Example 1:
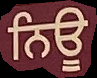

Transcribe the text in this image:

ਨਿਊ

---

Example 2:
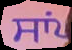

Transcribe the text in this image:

ਸਾਂਪ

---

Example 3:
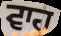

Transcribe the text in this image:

ਵਾਹ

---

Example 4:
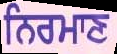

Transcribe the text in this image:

ਨਿਰਮਾਣ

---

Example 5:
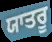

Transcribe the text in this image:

ਯਾਤਰੂ